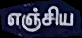
எஞ்சிய